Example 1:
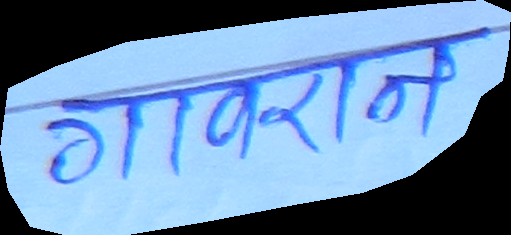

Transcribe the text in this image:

गावरान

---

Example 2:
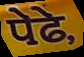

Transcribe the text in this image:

पेढे,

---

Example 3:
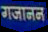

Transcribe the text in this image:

गजानन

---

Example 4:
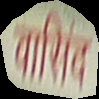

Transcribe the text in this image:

वासिंद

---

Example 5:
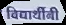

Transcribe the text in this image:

विद्यार्थीनी